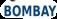
BOMBAY